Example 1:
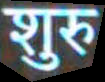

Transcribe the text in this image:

शुरु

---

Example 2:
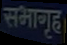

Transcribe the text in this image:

सभागृह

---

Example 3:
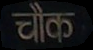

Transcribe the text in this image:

चौक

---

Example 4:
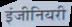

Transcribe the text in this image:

इंजीनियरी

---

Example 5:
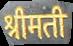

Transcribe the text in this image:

श्रीमती